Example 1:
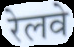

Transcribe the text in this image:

रेलवे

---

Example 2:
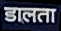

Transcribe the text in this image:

डालता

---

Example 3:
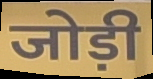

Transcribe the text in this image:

जोड़ी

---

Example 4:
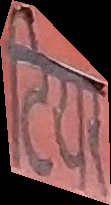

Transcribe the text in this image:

टियर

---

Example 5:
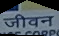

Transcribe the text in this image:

जीवन